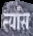
त्यांस